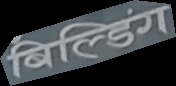
बिल्डिंग